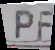
PF